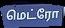
எமட்ரோ